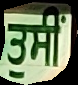
ਤੁਸੀਂ